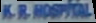
K.R.HOSPITAL